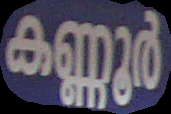
കണ്ണൂർ